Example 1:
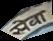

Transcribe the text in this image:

सेवा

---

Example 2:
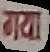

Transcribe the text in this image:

गया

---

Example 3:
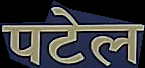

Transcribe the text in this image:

पटेल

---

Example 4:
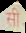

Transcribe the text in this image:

सी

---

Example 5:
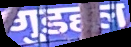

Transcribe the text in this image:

गुडहल